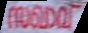
സഖാവ്